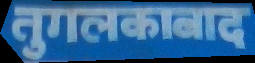
तुगलकाबाद